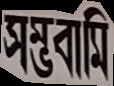
সম্ভবামি